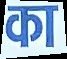
का